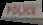
POLICE